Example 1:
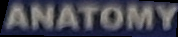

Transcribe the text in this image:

ANATOMY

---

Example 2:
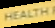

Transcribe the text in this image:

HEALTH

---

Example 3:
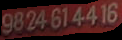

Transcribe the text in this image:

9824614416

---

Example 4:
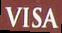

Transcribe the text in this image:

VISA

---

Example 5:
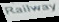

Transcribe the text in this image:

Railway